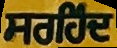
ਸਰਹਿੰਦ